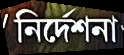
নির্দেশনা